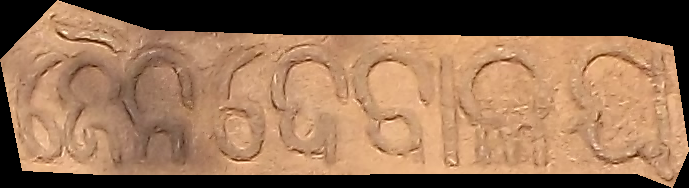
ଜୈନ ଦେବାଳୟ